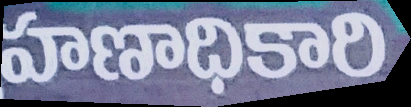
హణాధికారి